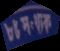
৮৫ সংখ্যক